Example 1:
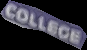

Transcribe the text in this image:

COLLEGE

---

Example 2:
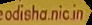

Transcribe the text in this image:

eodisha.nic.in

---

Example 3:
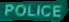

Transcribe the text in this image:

POLICE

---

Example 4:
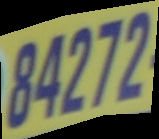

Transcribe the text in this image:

84272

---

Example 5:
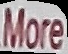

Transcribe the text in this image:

More